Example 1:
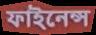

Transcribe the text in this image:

ফাইনেন্স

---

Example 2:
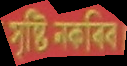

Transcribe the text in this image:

সৃষ্টি নকৰিব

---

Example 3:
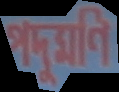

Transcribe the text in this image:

পদুমনি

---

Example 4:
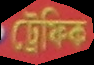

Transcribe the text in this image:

ট্ৰেফিক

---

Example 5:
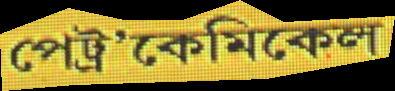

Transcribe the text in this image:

পেট্র'কেমিকেল